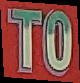
TO